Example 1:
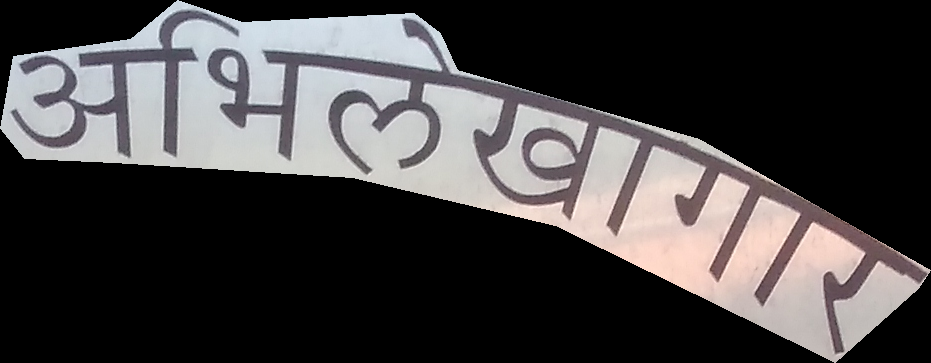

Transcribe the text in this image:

अभिलेखागार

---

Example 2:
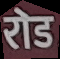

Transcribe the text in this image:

रोड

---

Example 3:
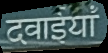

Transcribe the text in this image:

दवाइयाँ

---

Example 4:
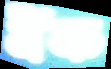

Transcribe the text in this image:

बैंक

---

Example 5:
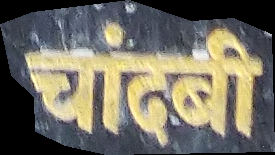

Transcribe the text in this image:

चांदबी